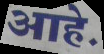
आहे.